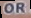
OR